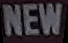
NEW